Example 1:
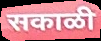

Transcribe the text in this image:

सकाळी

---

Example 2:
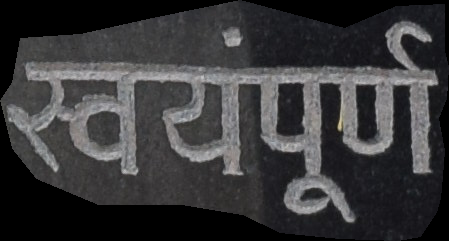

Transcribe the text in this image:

स्वयंपूर्ण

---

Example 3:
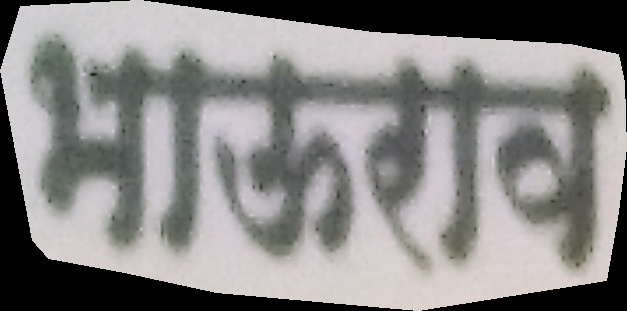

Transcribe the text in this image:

भाऊराव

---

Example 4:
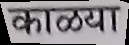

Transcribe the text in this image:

काळया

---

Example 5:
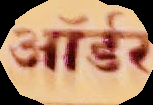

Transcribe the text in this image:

ऑर्डर